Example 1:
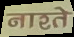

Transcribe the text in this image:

नाश्ते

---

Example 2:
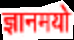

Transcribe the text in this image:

ज्ञानमयो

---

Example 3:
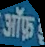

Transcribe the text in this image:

ऑफ़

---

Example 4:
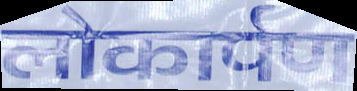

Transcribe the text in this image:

लोकार्पण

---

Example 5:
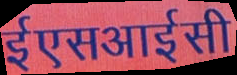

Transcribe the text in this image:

ईएसआईसी